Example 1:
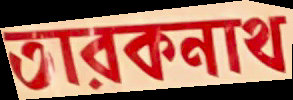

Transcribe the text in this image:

তারকনাথ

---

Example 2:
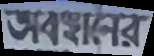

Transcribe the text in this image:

অবস্থানের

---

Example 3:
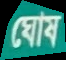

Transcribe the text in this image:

ঘোষ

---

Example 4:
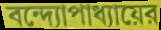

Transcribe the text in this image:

বন্দ্যোপাধ্যায়ের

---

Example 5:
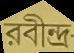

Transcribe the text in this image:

রবীন্দ্র